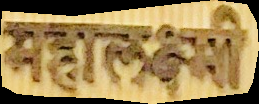
महालक्ष्मी